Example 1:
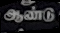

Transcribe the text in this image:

ஆண்டு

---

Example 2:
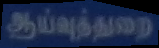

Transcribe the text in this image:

ஆய்வுத்துறை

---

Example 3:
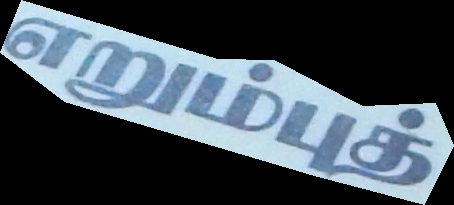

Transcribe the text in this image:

எறும்புத்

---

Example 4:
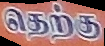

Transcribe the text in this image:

எதற்கு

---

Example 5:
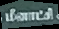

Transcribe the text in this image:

மீனாட்சி